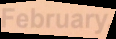
February